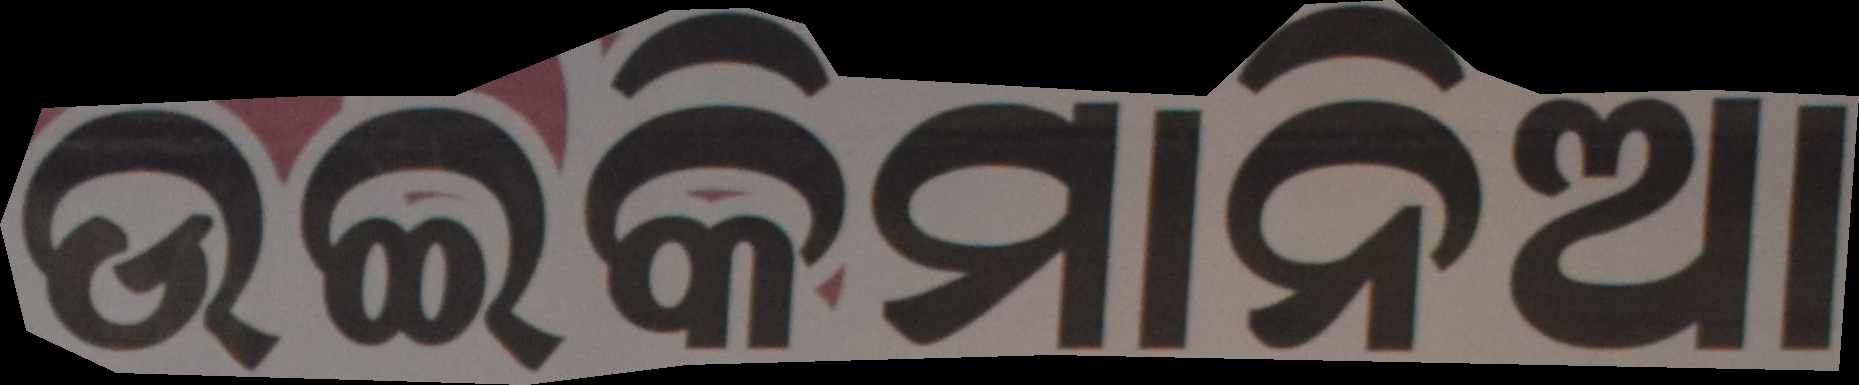
ଉଇକିମାନିଆ